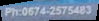
Ph:0674-2575483